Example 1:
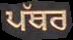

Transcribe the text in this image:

ਪੱਥਰ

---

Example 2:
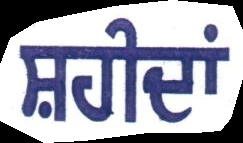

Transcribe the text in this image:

ਸ਼ਹੀਦਾਂ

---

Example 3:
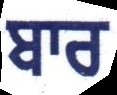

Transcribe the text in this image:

ਬਾਰ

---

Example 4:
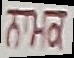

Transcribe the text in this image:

ਨਾਮਕ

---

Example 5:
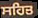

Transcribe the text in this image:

ਸਹਿਤ